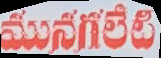
మునగలేటి